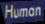
Human